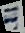
IF